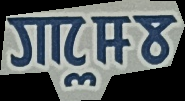
ꯄꯨꯝꯕ